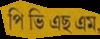
পি ভি এছ এম